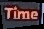
Time